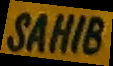
SAHIB